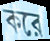
করে